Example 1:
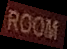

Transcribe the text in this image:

ROOM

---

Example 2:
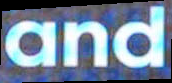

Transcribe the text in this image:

and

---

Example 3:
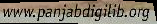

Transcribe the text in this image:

www.panjabdigilib.org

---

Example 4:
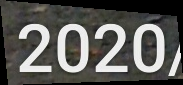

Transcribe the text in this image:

2020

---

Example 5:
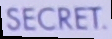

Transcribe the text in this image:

SECRET.